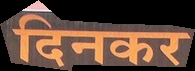
दिनकर